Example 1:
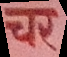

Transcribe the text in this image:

चर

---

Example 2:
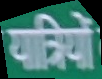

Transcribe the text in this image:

यात्रियों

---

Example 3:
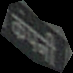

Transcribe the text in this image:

कंपनी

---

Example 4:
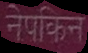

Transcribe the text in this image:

नेपकिन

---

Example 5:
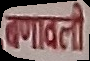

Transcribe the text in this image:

बणावली